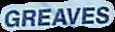
GREAVES